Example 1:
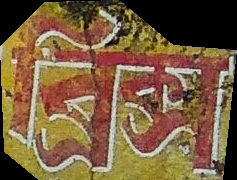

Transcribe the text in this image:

ব্রিক্স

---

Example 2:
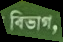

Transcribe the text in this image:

বিভাগ,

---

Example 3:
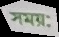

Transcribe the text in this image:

সময়:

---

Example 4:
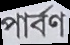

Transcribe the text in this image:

পার্বণ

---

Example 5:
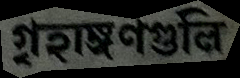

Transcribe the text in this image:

গৃহাঙ্গন গুলি